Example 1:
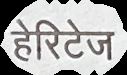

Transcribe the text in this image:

हेरिटेज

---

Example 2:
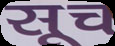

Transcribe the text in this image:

सूच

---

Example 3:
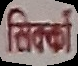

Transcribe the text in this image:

सिक्कों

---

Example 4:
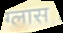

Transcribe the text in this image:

ग्लास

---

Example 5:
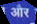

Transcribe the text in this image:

और